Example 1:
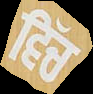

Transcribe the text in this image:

ਵਿੱਚ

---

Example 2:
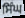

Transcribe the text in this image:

ਸਿੰਘ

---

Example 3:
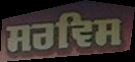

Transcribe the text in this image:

ਸਰਵਿਸ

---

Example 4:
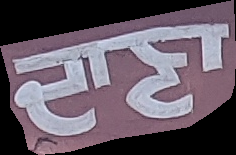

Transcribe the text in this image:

ਦਾਣਾ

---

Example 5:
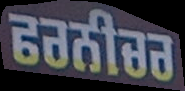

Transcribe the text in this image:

ਫਰਨੀਚਰ